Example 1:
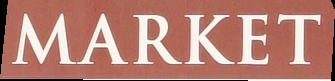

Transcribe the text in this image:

MARKET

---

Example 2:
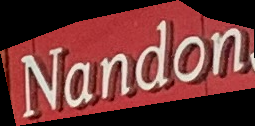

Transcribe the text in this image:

Nandon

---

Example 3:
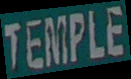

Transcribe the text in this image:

TEMPLE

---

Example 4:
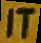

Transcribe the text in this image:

IT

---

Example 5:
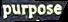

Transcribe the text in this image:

purpose